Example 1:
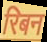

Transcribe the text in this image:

रिबन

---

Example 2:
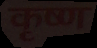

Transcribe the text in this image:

कृष्ण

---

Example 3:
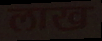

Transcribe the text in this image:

लाख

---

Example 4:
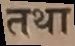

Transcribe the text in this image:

तथा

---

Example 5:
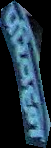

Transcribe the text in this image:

परिवहन